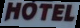
HOTEL